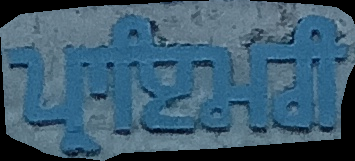
ਪ੍ਰਾਇਮਰੀ